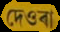
দেওৰা